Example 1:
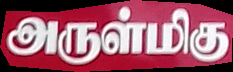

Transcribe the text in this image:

அருள்மிகு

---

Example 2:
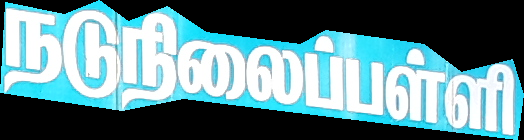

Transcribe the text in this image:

நடுநிலைப்பள்ளி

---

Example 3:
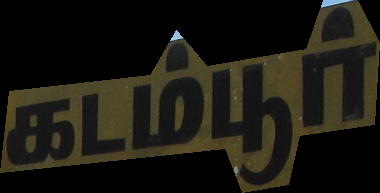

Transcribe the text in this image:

கடம்பூா்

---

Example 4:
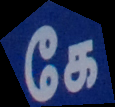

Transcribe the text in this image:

கே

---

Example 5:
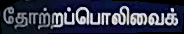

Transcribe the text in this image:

தோற்றப்பொலிவைக்